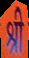
श्री